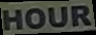
HOUR